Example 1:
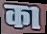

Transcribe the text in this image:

का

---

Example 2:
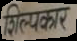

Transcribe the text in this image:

शिल्पकार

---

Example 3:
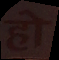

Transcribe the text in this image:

हो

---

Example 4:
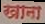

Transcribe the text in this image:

खाना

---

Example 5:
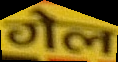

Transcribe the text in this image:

गेल